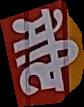
ਸੇਇ